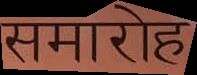
समारोह